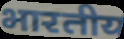
भारतीय